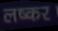
लष्कर